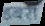
डबरी